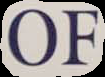
OF